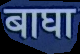
बाघा